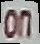
on